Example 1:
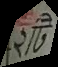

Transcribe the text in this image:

২টি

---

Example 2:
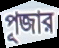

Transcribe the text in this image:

পূজার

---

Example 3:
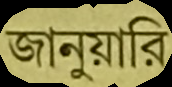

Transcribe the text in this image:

জানুয়ারি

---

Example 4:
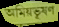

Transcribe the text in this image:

অমিয়ভূষণ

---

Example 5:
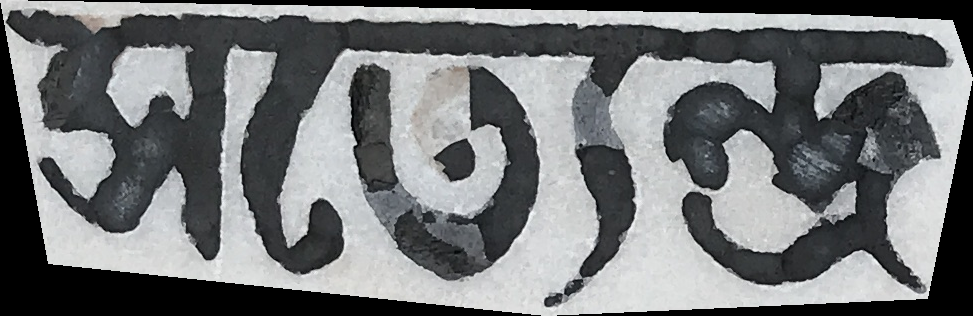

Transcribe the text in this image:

সত্যেন্দ্র